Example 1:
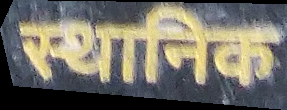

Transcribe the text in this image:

स्थानिक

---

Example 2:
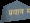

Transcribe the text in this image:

प्रधान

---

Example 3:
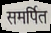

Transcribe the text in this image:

समर्पित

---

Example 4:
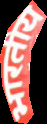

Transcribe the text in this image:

भारतीय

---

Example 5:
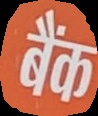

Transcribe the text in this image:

बैंक